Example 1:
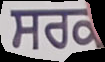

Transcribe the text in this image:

ਸਰਕ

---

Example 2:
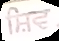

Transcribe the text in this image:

ਸ਼ਿਵ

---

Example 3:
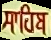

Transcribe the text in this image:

ਸਾਹਿਬ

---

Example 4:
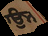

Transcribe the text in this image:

ਉਜ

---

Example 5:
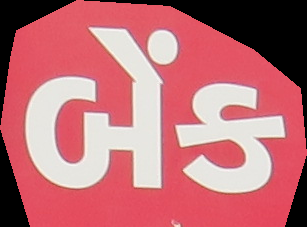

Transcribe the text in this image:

ਯੇਂ